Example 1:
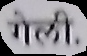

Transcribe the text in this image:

गेली.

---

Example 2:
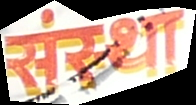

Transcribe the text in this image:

संस्‍था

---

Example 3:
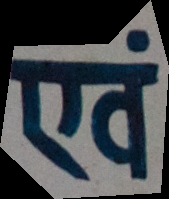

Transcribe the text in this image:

एवं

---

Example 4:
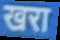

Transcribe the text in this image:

खरा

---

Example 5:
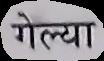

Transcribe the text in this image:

गेल्या